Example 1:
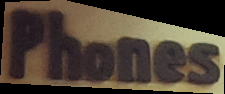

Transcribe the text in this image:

Phones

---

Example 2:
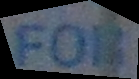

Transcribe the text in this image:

FOR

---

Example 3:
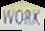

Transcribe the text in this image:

WORK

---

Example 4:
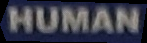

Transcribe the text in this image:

HUMAN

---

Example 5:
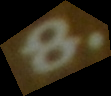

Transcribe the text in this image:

8.